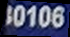
0106